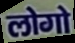
लोगो